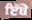
ਇੱਥੇ